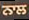
ਨਾਲ